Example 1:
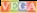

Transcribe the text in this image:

VEGA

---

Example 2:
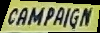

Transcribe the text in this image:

CAMPAIGN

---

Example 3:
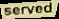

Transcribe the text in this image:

served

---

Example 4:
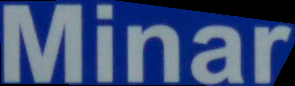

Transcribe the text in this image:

Minar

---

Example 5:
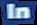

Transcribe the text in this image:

In